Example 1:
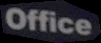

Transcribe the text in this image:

Office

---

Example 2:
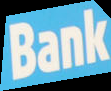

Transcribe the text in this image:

Bank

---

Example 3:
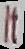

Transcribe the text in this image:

It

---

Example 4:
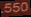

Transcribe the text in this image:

550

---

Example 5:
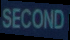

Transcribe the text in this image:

SECOND